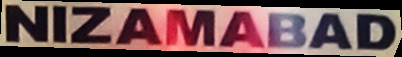
NIZAMABAD